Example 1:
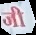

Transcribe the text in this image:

जी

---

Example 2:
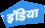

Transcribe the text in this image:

इंडिया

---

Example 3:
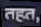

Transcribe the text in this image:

तहत,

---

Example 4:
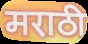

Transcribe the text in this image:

मराठी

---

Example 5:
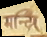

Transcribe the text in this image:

मन्दिर